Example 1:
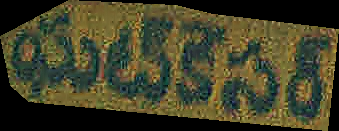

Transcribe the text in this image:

ఘటికసర్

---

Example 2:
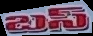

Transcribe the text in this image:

బస్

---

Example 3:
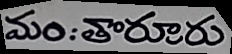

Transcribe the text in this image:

మం: తొరూరు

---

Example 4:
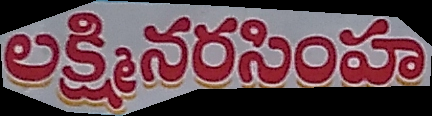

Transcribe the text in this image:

లక్ష్మినరసింహ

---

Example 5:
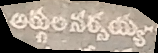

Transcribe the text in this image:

అర్గుల నర్సయ్య